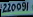
220091